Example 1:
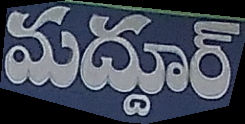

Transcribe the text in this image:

మద్దూర్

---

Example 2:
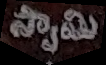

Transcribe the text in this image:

స్వామి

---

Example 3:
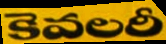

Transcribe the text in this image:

కెవలరీ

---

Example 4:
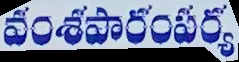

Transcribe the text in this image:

వంశపారంపర్య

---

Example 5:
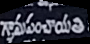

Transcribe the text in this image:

గ్రామపంచాయతి